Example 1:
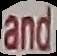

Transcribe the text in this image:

and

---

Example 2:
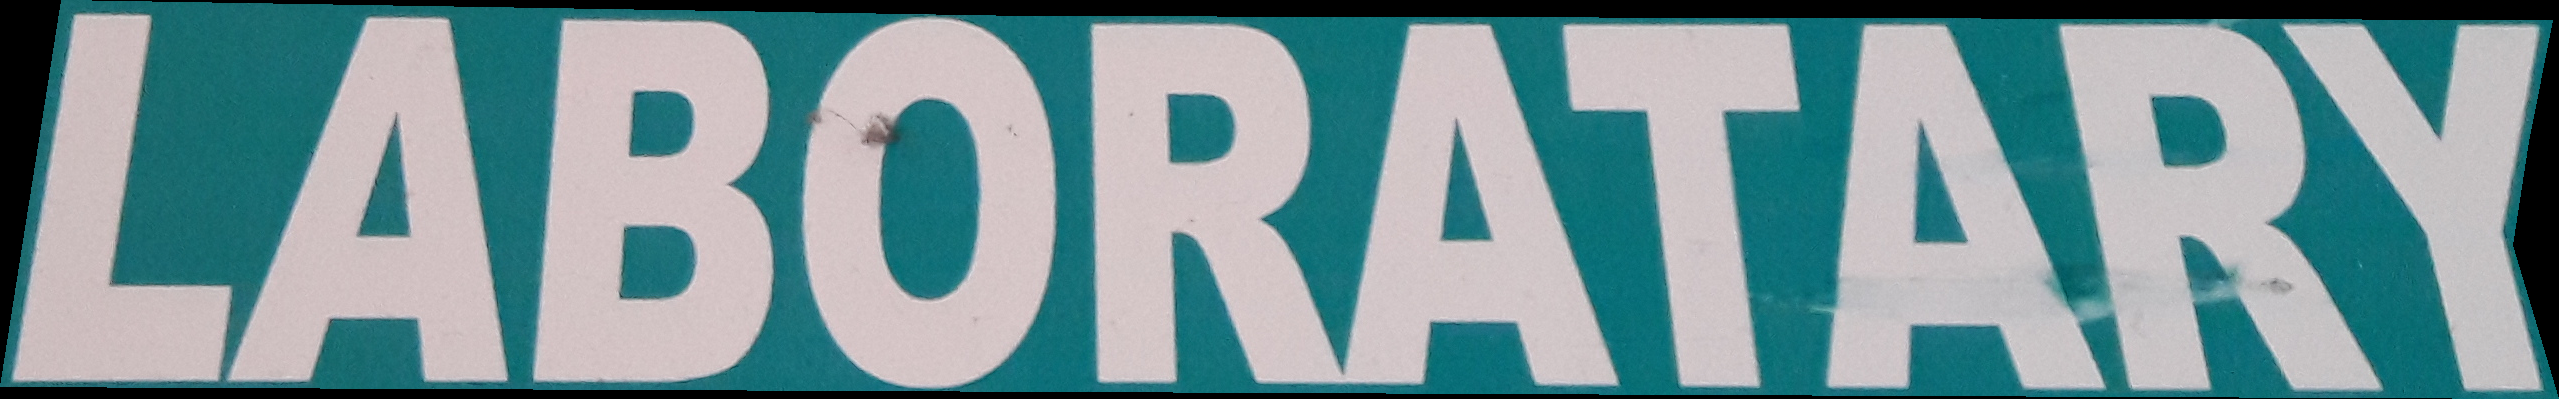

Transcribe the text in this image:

LABORATARY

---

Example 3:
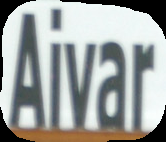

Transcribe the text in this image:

Aivar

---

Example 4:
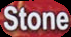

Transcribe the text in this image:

Stone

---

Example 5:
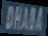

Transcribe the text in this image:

DHABA